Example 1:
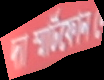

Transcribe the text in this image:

দ্যা স্মার্টফোন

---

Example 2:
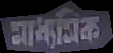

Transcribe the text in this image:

মাধ্যমিক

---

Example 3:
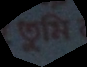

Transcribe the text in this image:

তুমি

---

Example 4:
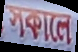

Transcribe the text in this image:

সকালে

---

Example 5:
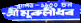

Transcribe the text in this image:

শ্রী মুৰুলীধৰ